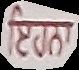
ਇਹਨਾ